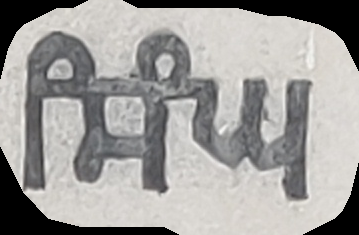
ਸਿੰਘ